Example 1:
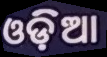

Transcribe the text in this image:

ଓଡ଼ିଆ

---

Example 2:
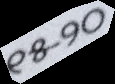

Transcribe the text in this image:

୧୫-୨୦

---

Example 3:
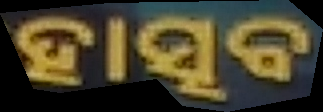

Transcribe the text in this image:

ହାସୁବ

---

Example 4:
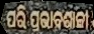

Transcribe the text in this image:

ପରି ପ୍ରଭାବଶାଳୀ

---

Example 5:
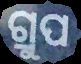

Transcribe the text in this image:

ଗ୍ରୁପ